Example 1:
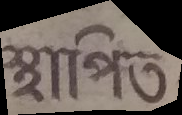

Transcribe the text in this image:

স্থাপিত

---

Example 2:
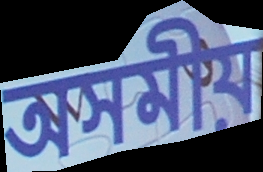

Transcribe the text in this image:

অসমীয়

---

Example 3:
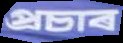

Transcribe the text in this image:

প্ৰচাৰ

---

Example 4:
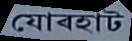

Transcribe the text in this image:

যোৰহাট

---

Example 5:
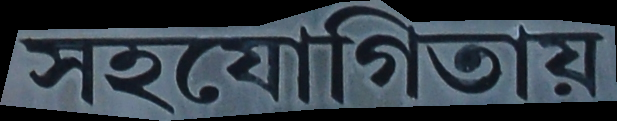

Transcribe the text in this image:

সহযোগিতায়